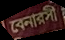
বেনারসী